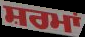
ਸ਼ਰਮਾਂ